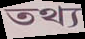
তথ্য